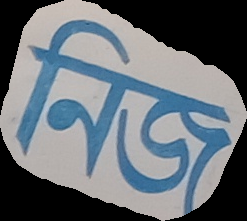
নিজ